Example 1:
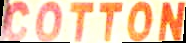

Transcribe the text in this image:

COTTON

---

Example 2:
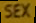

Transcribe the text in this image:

SEX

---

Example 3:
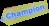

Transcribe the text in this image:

Champion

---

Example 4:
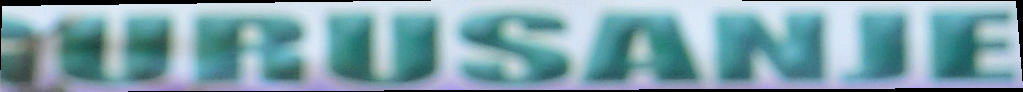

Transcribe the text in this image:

URUSANJE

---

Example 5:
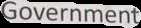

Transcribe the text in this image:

Government